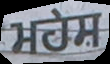
ਮਹੇਸ਼